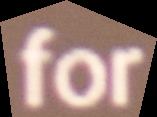
for